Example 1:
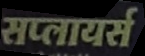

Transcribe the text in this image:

सप्लायर्स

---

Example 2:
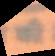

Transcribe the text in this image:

की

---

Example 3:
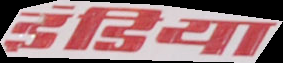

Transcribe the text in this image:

इंडिया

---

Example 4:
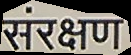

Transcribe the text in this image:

संरक्षण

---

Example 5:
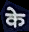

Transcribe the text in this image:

के